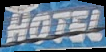
HOTEL